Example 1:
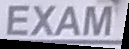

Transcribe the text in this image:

EXAM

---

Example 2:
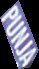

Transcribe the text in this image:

PUMA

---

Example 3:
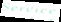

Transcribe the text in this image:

Service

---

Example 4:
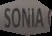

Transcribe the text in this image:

SONIA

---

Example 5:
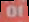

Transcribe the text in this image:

OF